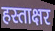
हस्ताक्षर